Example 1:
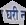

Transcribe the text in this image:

घरी न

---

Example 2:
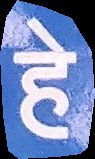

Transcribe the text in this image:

हे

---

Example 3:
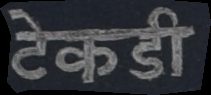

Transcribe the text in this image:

टेकडी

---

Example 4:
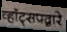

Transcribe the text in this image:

व्हॉट्सपद्वारे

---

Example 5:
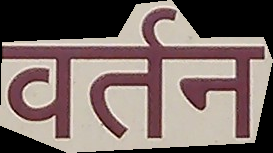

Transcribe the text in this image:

वर्तन